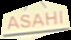
ASAHI